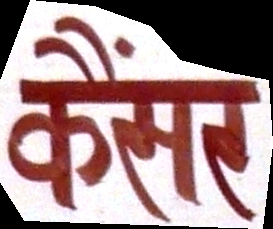
कैंसर